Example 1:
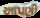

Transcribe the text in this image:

આપણી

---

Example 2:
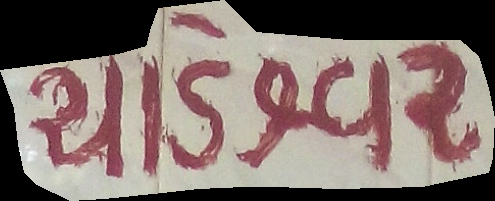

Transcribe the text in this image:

ચાડેશ્વર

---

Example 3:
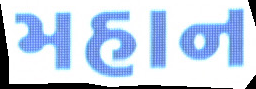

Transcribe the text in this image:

મહાન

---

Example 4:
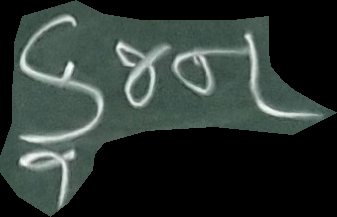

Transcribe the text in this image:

કૂજન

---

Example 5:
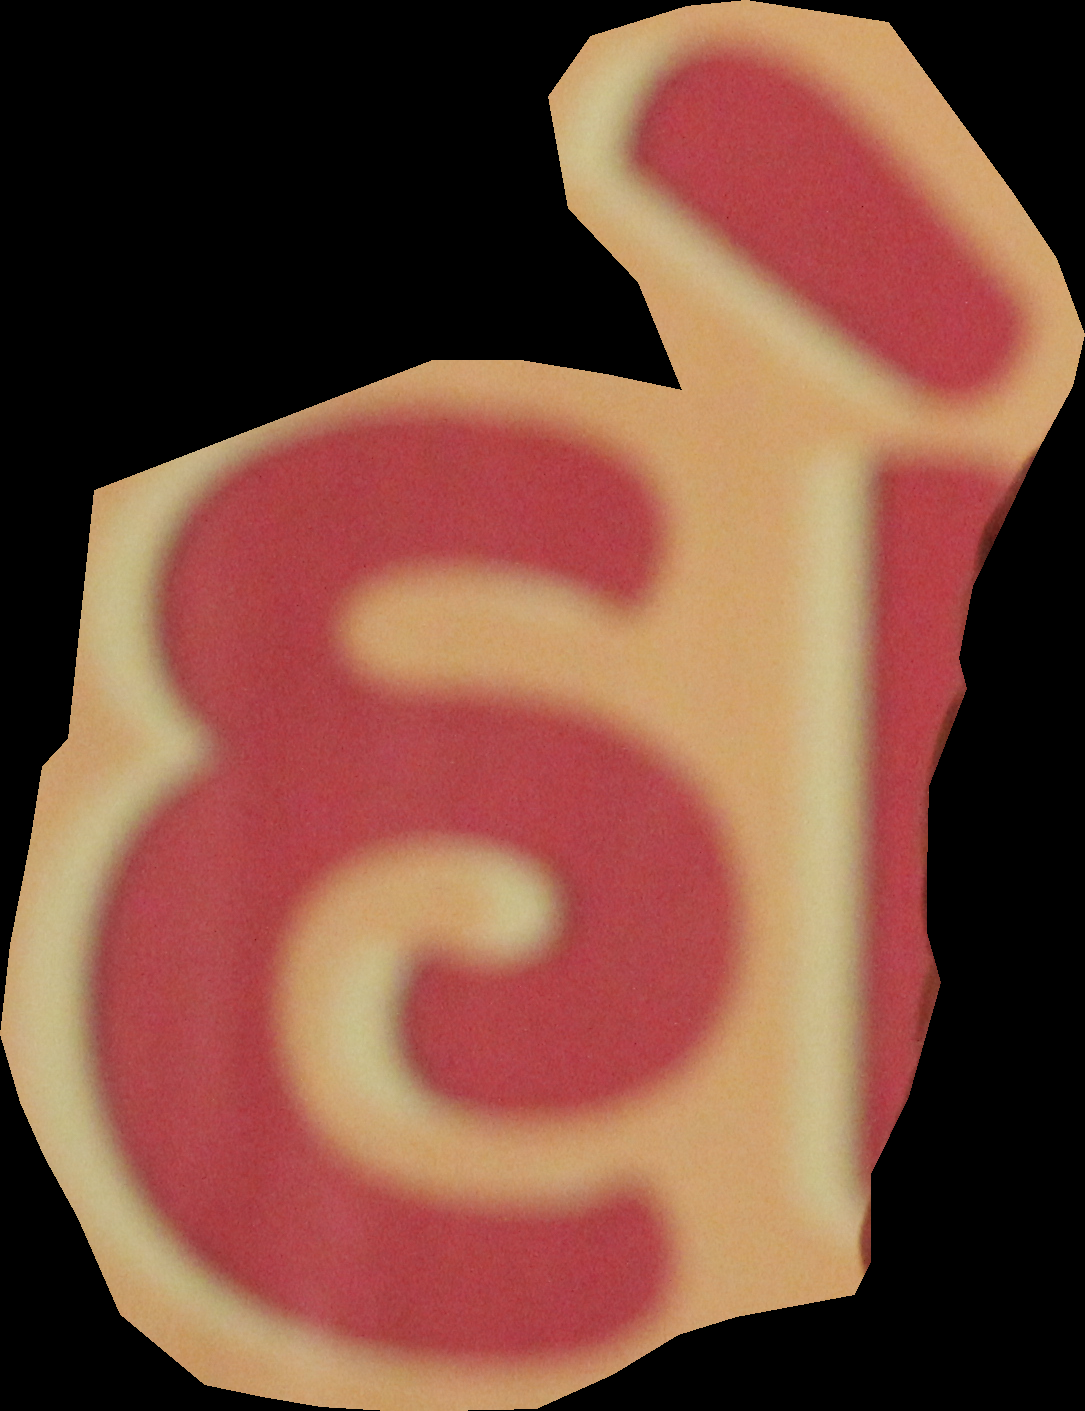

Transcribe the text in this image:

હો